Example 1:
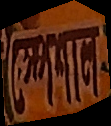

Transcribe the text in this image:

স্পেশাল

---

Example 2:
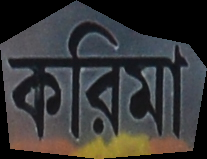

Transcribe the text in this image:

করিমা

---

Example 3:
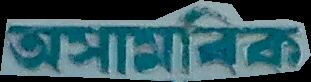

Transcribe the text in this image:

অসামৰিক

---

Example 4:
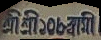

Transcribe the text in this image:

শ্রীশ্রী ১০৮ স্বামী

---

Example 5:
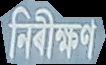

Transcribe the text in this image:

নিৰীক্ষণ